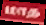
மாத